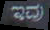
ಇವು